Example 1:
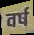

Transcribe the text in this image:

वर्ष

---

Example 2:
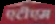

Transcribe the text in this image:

एटीएम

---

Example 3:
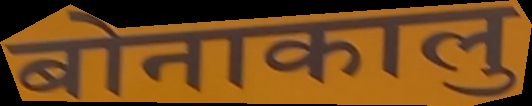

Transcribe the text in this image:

बोनाकालु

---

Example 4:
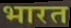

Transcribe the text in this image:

भारत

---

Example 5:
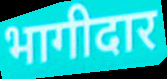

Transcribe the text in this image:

भागीदार